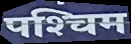
पश्चिम